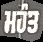
ਮਹੰਤ